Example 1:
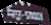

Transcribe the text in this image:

मैसूर-570001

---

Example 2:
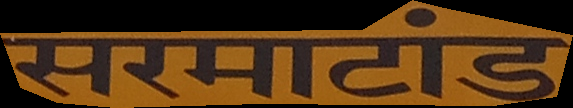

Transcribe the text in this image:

सरमाटांड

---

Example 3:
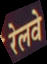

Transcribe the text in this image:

रेलवे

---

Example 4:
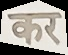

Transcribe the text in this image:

क‍र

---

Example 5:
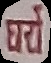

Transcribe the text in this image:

घरों